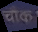
चौक